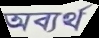
অব্যৰ্থ